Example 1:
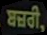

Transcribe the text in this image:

ਬਜ਼ਰੀ,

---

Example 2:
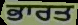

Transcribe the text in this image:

ਭਾਰਤ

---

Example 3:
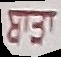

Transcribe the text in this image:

ਬਾੜਾ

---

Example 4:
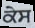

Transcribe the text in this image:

ਕੇਸ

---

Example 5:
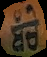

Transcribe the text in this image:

ਬੱਚੇ